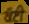
ਥੇਈ